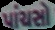
પાંચસો